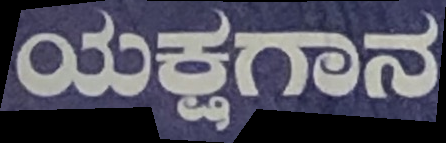
ಯಕ್ಷಗಾನ